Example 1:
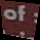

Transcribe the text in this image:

of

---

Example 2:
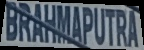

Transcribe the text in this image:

BRAHMAPUTRA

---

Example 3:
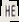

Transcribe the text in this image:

HE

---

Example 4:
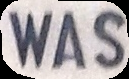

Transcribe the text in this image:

WAS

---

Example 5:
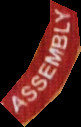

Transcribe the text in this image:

ASSEMBLY